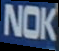
NOK